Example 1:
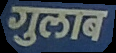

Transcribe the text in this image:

गुलाब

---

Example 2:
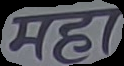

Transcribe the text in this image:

महा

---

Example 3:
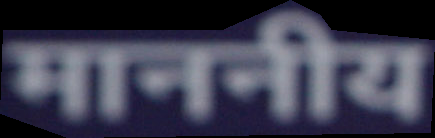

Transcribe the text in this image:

माननीय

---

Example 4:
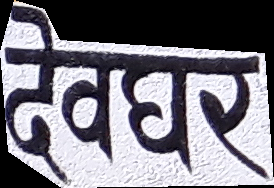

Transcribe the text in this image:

देवघर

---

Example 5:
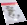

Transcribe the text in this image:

हैं,